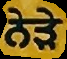
ਨੇੜੇ